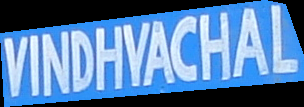
VINDHVACHAL